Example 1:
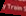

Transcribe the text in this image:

Train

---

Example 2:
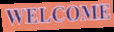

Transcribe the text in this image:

WELCOME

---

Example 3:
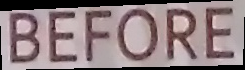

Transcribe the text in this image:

BEFORE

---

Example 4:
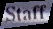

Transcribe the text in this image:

Staff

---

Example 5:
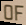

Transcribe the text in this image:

OF